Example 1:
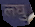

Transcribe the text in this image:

लघु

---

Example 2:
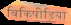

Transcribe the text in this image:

विकिपीडिया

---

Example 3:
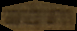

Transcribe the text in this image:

बचेगा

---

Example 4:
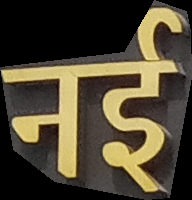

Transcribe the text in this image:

नई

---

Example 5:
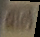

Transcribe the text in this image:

बाल